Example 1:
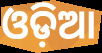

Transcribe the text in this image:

ଓଡ଼ିଆ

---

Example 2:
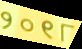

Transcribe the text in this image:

୨୦୧୮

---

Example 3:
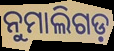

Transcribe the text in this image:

ନୁମାଲିଗଡ଼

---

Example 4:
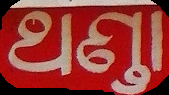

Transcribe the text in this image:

ଥଣ୍ଡା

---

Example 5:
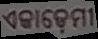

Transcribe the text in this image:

ଏକାଡ଼େମା